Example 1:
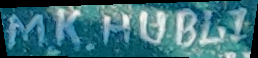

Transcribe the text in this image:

MK.HUBLI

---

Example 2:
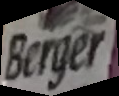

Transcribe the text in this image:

Berger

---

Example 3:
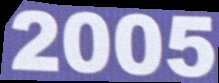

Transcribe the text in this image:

2005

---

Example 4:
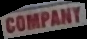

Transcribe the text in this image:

COMPANY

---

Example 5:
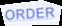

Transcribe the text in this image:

ORDER